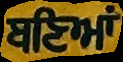
ਬਣਿਆਂ